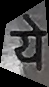
ये